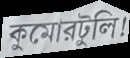
কুমোরটুলি!